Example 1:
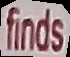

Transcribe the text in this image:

finds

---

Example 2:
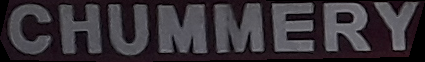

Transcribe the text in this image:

CHUMMERY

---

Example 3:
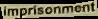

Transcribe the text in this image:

imprisonment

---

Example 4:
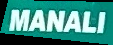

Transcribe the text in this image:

MANALI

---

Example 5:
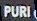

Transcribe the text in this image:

PURI